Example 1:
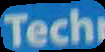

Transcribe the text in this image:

Tech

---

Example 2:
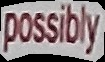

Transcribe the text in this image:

possibly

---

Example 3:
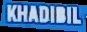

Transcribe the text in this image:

KHADIBIL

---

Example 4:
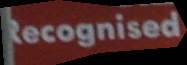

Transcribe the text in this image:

Recognised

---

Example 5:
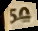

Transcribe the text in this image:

5G